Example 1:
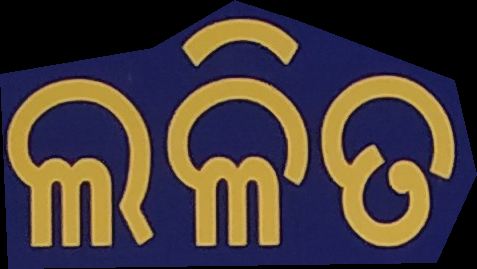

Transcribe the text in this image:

ଲଳିତ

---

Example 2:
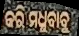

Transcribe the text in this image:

କରି ମଧୁବାବୁ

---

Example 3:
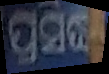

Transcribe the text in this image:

ପ୍ରସିଦ୍ଧ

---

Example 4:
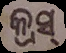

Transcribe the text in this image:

କ୍ବସ୍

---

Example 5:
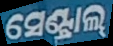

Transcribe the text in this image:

ସେଣ୍ଟ୍ରାଲ୍